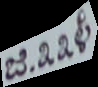
ಜಿ-೩೩೪